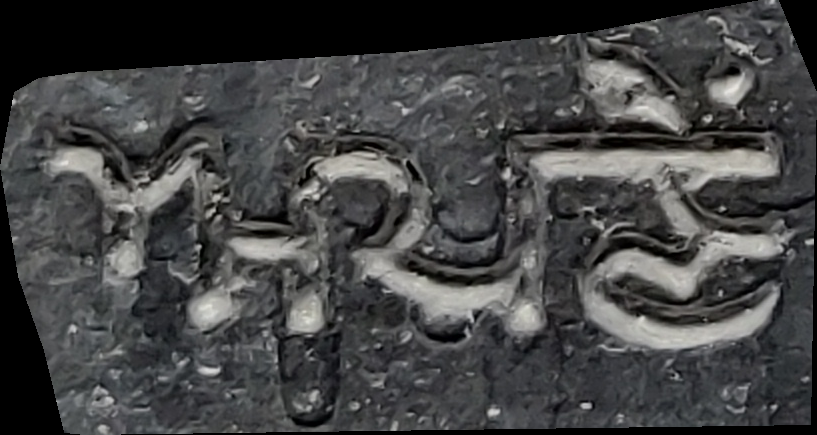
ਅਪਣੇਂ